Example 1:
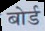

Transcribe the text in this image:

बोर्ड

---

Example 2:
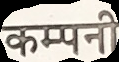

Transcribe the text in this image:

कम्‍पनी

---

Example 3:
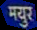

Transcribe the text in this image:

मयुर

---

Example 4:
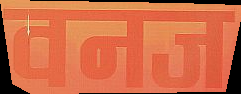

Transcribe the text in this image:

वनज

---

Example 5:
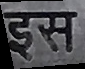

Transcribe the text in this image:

इस